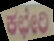
ಕಛೇರಿ